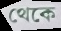
থেকে